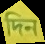
দিন